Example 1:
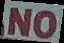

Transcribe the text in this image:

NO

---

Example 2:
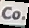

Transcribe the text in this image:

Co.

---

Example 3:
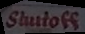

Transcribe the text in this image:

Shutoff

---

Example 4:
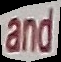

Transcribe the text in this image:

and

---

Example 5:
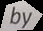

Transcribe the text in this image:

by